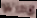
Wing